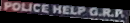
POLICEHELPG.R.P.